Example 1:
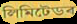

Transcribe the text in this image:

লিমিটেডব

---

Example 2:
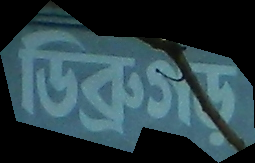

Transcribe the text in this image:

ডিব্ৰুগড়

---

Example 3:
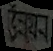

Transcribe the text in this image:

উন্নয়ন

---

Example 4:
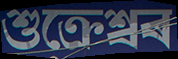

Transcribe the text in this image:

শুক্ৰেশ্বৰ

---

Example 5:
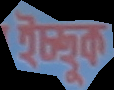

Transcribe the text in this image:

ইচছুক